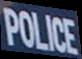
POLICE